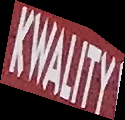
KWALITY